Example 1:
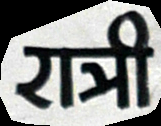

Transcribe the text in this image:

रात्री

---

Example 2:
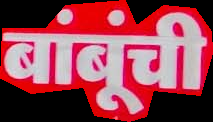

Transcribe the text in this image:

बांबूंची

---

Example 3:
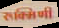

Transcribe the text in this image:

रुक्मिणी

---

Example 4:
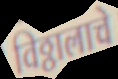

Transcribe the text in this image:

विठ्ठालाचे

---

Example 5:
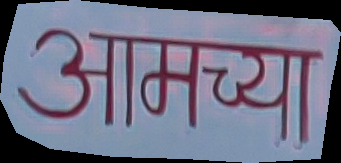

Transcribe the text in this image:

आमच्या